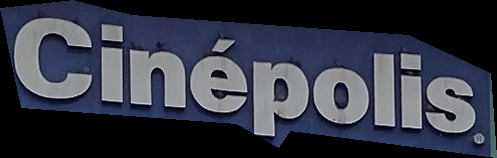
Cinepolis